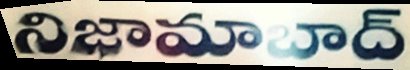
నిజామాబాద్